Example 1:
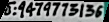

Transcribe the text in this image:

5:9479775136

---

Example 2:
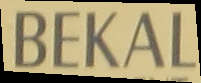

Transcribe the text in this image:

BEKAL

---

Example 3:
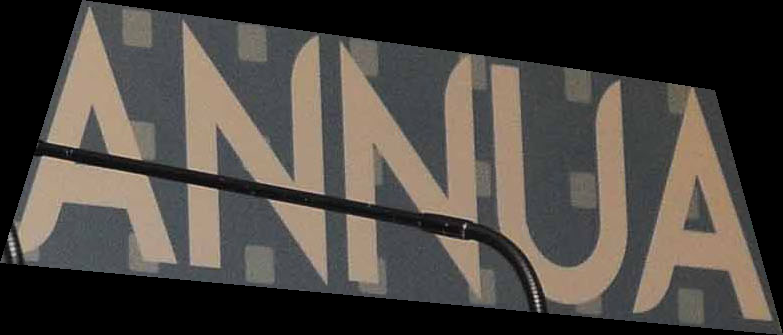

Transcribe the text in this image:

ANNUA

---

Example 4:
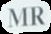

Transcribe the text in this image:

MR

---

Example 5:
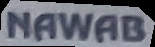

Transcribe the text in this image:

NAWAB